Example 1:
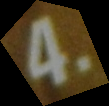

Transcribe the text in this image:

4.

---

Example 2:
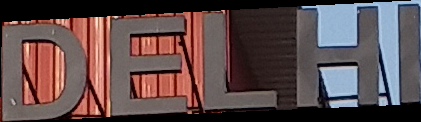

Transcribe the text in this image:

DELHI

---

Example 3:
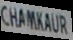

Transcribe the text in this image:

CHAMKAUR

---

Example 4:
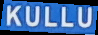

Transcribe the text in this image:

KULLU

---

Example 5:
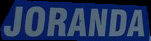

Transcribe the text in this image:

JORANDA